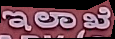
ಇಲಾಖೆ